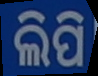
ଲିପି